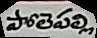
పోలెపల్లి